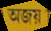
অজয়